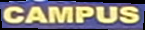
CAMPUS